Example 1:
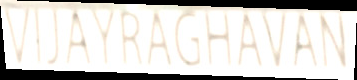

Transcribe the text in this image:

VIJAYRAGHAVAN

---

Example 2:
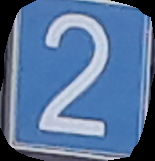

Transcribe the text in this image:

2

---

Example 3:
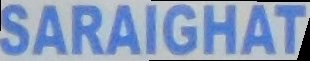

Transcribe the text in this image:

SARAIGHAT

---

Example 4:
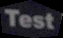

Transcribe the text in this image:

Test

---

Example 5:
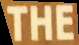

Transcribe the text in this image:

THE